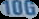
10G